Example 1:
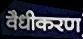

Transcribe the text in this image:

वैधीकरण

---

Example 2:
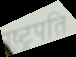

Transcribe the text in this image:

राष्ट्रपति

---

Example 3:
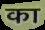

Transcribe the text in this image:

का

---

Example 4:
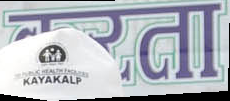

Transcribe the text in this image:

करता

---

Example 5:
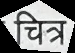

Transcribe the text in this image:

चि‍त्र